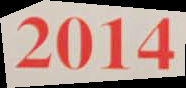
2014